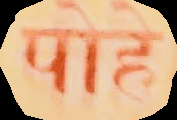
पोहे